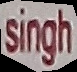
singh